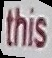
this